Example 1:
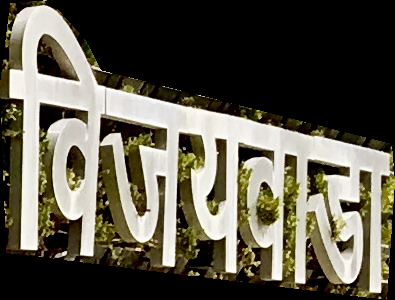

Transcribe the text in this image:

विजयवाडा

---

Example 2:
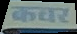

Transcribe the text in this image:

कवर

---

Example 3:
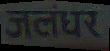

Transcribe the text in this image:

जलंधर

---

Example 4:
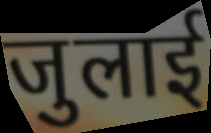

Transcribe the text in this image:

जुलाई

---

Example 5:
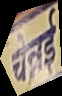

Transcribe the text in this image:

चेन्नई